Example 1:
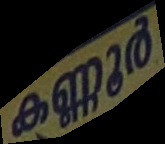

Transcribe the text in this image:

കണ്ണൂർ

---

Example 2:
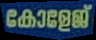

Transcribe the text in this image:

കോളേജ്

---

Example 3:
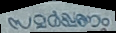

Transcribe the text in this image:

സമർജ്ജനം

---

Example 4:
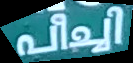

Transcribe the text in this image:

പീച്ചി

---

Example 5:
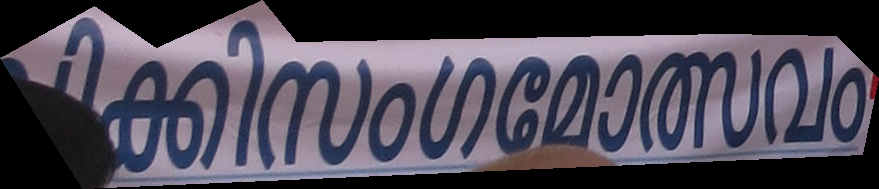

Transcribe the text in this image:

ക്കിസംഗമോത്സവം